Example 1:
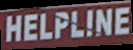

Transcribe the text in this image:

HELPLINE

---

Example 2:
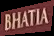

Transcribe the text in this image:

BHATIA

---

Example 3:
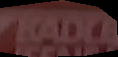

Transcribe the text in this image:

BADLE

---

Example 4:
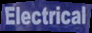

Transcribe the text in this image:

Electrical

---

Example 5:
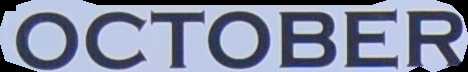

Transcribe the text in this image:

OCTOBER